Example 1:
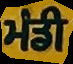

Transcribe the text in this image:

ਮੰਡੀ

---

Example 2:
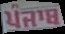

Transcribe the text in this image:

ਪੰਜਾਬ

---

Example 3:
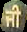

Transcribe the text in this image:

ਜੀ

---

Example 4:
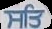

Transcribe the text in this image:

ਸਤਿ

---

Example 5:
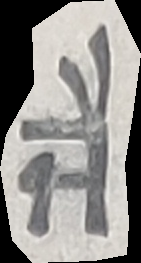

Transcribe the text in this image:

ਜੈ